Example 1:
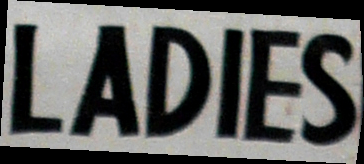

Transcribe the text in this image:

LADIES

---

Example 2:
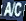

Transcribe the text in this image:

A/C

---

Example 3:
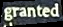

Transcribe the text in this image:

granted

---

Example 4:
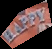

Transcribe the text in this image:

HAPPY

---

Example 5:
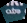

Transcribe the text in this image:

abs